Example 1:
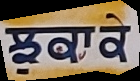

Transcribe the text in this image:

ਝਕਾਕੇ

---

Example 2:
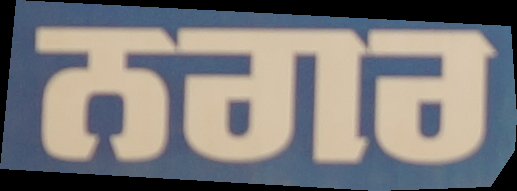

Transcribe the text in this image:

ਨਗਰ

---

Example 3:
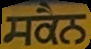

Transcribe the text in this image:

ਸਕੈਨ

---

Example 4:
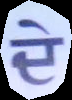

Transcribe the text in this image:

ਦੇ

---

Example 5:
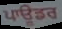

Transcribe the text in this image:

ਪਾਊਡਰ